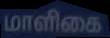
மாளிகை